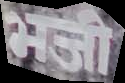
भजी